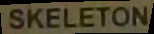
SKELETON